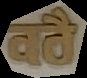
वठै